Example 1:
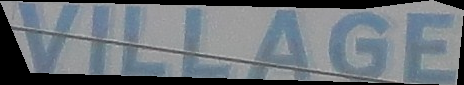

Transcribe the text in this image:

VILLAGE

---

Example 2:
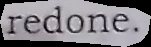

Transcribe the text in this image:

redone.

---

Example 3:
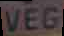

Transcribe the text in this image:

VEG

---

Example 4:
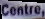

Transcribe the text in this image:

Centre,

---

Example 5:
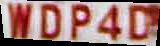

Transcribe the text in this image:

WDP4D